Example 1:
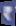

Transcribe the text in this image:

र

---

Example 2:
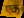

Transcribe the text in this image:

एक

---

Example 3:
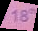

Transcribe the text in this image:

१८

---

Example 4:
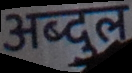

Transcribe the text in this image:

अब्दुल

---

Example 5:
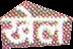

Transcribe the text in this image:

खेल